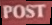
POST